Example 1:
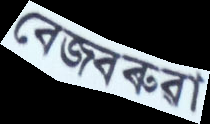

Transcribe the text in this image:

বেজবৰুৱা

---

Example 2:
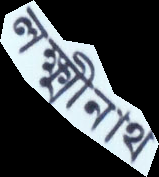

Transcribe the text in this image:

লক্ষ্মীনাথ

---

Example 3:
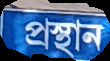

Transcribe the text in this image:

প্ৰস্থান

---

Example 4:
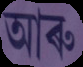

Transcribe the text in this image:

আৰু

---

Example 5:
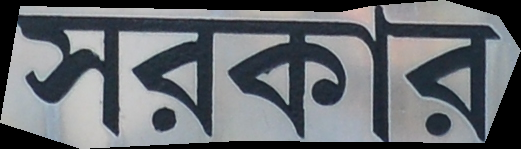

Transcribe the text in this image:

সরকার